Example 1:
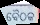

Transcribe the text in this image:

ବୈଠକ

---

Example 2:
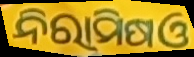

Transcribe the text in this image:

ନିରାମିଷ ଓ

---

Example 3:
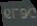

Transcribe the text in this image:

୧୮୨୯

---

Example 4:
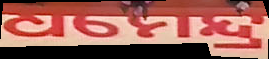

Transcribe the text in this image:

ଧମେନ୍ଦ୍ର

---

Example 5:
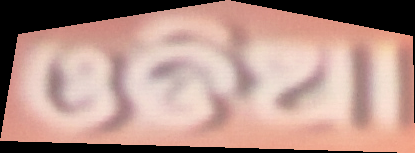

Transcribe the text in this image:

ଓଡିଆ